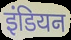
इंडियन